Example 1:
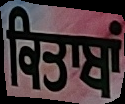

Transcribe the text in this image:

ਕਿਤਾਬਾਂ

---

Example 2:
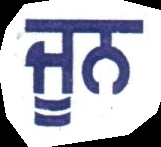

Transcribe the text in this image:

ਜੂਨ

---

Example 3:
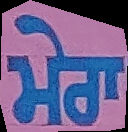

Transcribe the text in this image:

ਮੇਗ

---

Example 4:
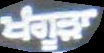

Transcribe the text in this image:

ਖੰਗੂੜਾ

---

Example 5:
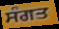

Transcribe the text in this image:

ਸੰਗਤ